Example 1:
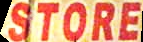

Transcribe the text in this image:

STORE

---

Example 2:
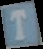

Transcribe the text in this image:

T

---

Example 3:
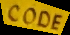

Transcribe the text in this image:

CODE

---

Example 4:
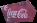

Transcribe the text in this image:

CocaCola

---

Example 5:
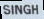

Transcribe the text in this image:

SINGH